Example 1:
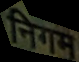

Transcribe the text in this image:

निगम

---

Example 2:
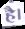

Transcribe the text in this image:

है।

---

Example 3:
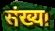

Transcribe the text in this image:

संख्या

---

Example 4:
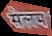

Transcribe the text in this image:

सेलम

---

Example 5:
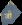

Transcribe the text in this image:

जी